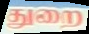
துறை